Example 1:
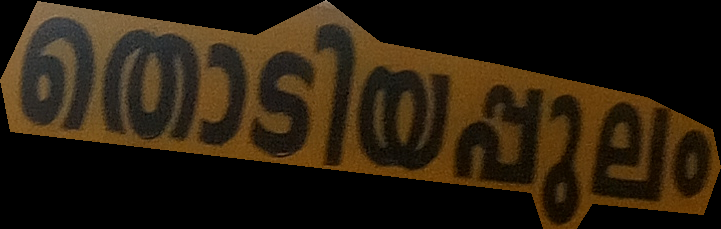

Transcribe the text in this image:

തൊടിയപ്പുലം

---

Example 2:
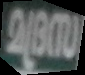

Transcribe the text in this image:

മദ്രസ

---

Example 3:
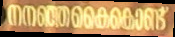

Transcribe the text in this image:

നനഞ്ഞകൈകൊണ്ട്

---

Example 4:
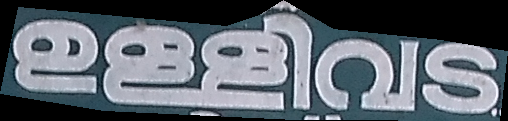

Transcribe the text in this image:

ഉള്ളീവട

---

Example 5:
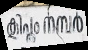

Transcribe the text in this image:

കിപ്തം നമ്പർ